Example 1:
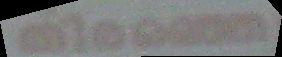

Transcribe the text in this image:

തിര‍ഞ്ഞെ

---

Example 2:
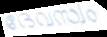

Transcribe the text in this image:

ദേവസ്വം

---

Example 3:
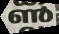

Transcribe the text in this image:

ൺ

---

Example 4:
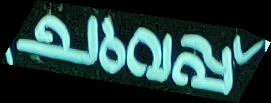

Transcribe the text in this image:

ചംവപ്പ്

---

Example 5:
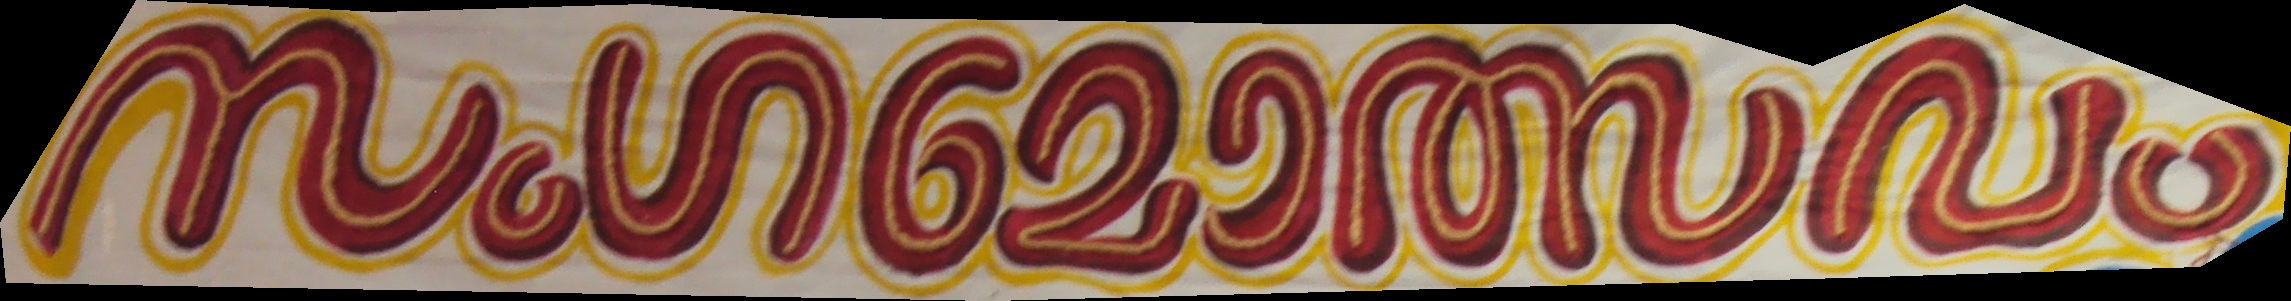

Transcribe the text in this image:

സംഗമോത്സവം